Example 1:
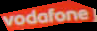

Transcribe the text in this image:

vodafone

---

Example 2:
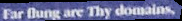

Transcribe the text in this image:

Far flung are Thy domains,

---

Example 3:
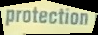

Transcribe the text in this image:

protection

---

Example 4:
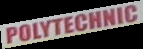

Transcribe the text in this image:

POLYTECHNIC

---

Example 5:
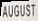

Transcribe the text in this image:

AUGUST